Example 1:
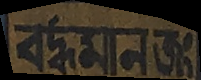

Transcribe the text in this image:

বার্দ্ধমান জং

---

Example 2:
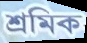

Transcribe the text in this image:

শ্রমিক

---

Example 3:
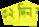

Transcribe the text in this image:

৩২দিন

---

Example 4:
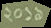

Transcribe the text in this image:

২০১৯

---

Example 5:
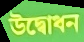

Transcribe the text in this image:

উদ্বোধন